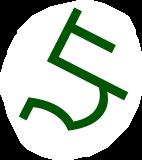
ਪਾ